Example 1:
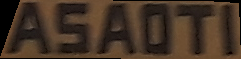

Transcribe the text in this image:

ASAOTI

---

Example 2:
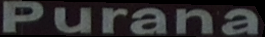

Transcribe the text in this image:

Purana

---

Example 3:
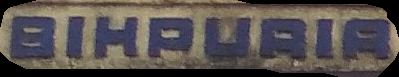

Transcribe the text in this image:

BIHPURIA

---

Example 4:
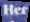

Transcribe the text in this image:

Her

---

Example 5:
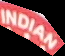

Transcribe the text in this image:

INDIAN